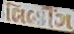
બિલ્ડીંગ